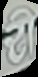
ਦੀ